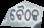
ଚିେଠଳ